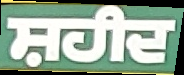
ਸ਼ਹੀਦ